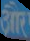
और